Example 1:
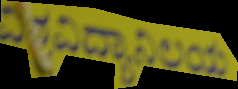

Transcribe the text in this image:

ಏಶ್ವವಿದ್ಯಾನಿಲಯ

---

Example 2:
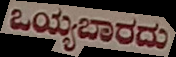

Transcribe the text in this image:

ಒಯ್ಯಬಾರದು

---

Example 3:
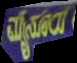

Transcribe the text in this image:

ಮ್ಯನೂಡ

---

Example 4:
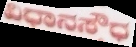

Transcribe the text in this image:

ವಿಧಾನಸೌಧ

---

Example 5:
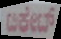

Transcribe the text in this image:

ಟಕೇಟ್